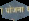
योजना